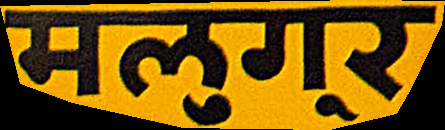
मलुगूर